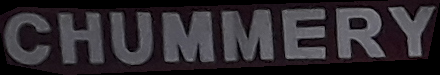
CHUMMERY